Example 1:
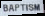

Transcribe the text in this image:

BAPTISM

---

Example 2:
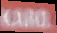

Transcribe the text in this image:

CARO.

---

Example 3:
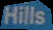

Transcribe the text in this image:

Hills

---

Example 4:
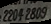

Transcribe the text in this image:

22042809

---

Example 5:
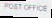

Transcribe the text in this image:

POSTOFFICE